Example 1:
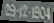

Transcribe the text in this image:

29-12-1904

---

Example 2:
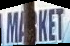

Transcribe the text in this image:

MARKET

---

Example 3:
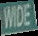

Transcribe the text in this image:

WIDE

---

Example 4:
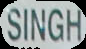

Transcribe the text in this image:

SINGH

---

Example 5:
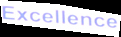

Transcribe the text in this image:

Excellence